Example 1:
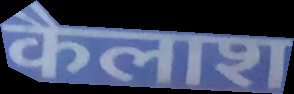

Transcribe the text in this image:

कैलाश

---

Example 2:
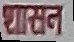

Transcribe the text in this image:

शासन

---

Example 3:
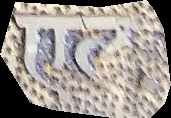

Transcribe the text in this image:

एल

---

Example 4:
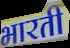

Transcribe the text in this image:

भारती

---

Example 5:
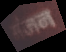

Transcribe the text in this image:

मंजन